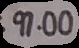
97.00